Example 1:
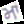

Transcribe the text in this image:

ਮਾ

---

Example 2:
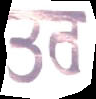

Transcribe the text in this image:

ਤਰ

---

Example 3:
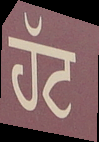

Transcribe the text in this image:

ਹੱਟ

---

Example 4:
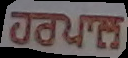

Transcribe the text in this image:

ਹਰਪਾਲ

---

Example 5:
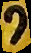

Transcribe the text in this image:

੭